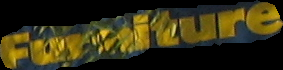
Furniture